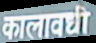
कालावधी